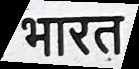
भारत